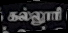
கல்லூாி